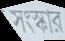
সংস্কার